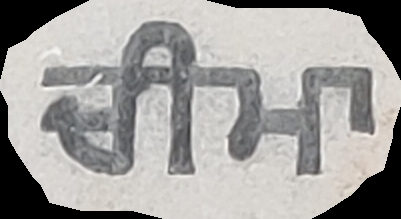
ਚੀਮਾ